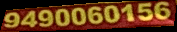
9490060156